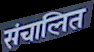
संचालित